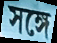
সঙ্গে